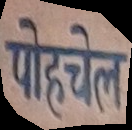
पोहचेल